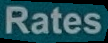
Rates